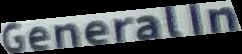
GeneralIn